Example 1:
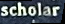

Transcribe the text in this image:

scholar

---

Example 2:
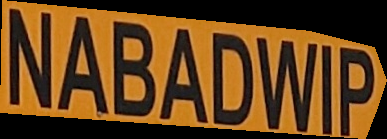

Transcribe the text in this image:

NABADWIP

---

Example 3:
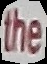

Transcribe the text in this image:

the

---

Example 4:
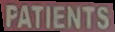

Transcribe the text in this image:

PATIENTS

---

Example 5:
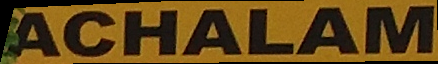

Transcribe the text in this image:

ACHALAM